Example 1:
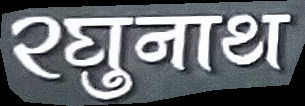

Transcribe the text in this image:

२घुनाथ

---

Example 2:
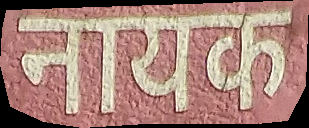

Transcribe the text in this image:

नायक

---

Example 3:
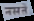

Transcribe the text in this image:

नसते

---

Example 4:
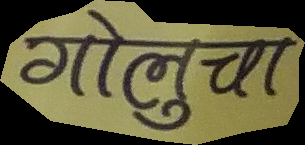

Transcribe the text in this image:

गोलुचा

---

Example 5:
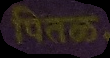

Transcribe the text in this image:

पितळ